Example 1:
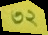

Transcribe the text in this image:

৩২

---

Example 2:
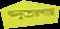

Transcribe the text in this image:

অনুপ্রেরণায়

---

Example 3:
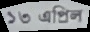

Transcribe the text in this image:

১৩ এপ্রিল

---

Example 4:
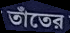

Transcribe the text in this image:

তাঁতের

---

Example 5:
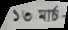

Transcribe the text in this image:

১৩ মার্চ